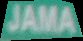
JAMA